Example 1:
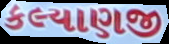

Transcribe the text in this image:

કલ્યાણજી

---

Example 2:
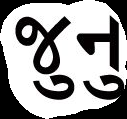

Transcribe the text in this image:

જુનુ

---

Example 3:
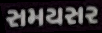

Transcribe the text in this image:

સમયસર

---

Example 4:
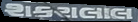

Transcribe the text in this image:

શકરાલાલ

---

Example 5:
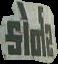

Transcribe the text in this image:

કોર્નર